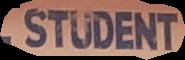
STUDENT